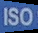
ISO